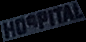
HOSPITAL